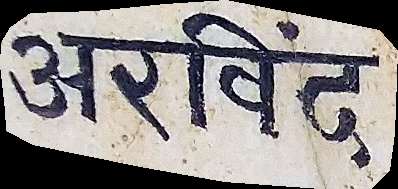
अरविंद